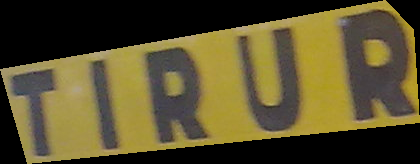
TIRUR